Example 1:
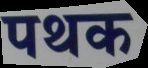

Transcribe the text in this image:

पथक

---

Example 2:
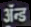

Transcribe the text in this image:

ॲन्ड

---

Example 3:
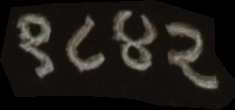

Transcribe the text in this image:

१८४२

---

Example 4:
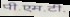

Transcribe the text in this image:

पी.एम.टी.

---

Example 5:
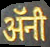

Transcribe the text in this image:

ॲनी